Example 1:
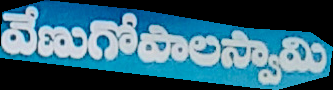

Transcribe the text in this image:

వేణుగోపాలస్వామి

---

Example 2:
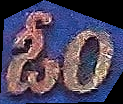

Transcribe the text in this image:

ఓం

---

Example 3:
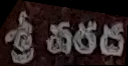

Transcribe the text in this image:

శ్రీవరద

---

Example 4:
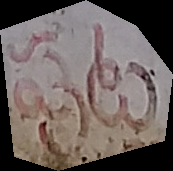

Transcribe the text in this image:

ప్రట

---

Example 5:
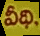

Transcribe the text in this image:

వీధి